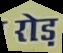
रोड़